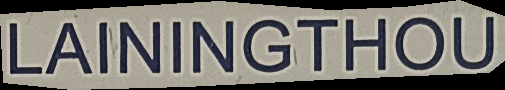
LAININGTHOU